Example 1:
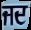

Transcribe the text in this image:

ਜਦ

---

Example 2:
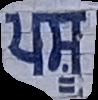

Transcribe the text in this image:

ਪਸ਼ੂ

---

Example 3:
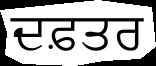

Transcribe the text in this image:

ਦਫ਼ਤਰ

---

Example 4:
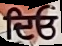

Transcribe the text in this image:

ਦਿਓ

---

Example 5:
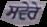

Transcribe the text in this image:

ਸਵੇਰੇ